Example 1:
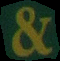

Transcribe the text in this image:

&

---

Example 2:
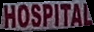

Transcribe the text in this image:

HOSPITAL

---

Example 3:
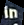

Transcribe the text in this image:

in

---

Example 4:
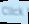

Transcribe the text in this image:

Click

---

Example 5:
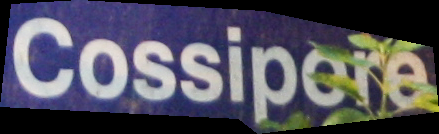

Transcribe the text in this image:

Cossipore